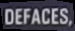
DEFACES,